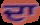
ਦਾ